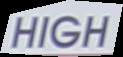
HIGH